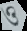
ও